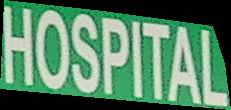
HOSPITAL